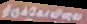
திருக்கோயிலை